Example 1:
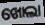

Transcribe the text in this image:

ଖୋଲା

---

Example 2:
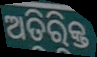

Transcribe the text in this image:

ଅତିରିକ୍ତ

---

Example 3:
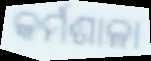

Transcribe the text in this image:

କର୍ମଶାଳା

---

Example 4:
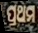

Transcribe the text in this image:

ପ୍ରଥମ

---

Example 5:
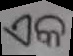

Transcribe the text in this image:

ଏକ